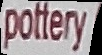
pottery